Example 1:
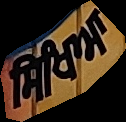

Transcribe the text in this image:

ਸਿਖਿਆ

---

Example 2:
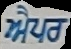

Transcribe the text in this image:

ਐਪਰ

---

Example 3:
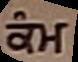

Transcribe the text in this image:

ਕੰਮ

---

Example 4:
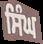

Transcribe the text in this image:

ਸਿੰਘ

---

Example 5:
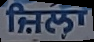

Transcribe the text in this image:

ਜ਼ਿਲ੍ਹਾ